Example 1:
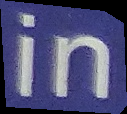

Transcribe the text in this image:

in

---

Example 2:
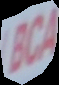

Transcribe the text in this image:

BCA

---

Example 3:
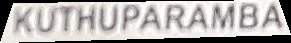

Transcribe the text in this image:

KUTHUPARAMBA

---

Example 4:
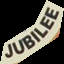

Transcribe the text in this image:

JUBILEE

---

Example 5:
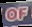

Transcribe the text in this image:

OF